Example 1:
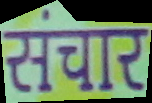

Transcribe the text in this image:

संचार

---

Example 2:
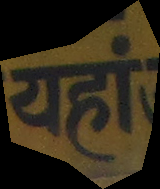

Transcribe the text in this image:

यहां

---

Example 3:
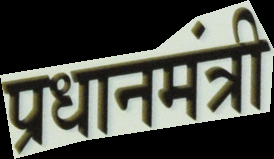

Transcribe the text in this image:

प्रधानमंत्री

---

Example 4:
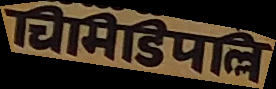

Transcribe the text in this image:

चिमिडिपल्लि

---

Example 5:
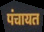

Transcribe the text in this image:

पंचायत